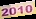
2010